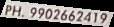
PH.9902662419